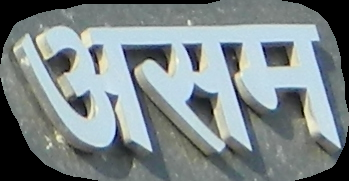
असम